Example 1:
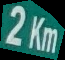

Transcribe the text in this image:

2Km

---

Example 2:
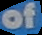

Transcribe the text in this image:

of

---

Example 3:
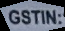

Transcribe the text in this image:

GSTIN:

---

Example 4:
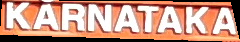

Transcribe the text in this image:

KARNATAKA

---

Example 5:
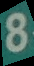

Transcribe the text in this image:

8